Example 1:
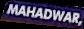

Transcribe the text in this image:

MAHADWAR,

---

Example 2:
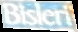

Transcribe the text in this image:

Bisleri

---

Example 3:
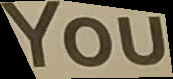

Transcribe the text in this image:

YOU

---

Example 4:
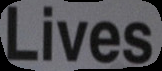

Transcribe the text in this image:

Lives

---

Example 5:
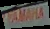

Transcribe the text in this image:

YAMAHA